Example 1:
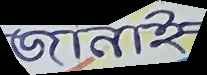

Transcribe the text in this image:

জানাই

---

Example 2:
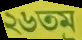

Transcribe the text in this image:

২৬তম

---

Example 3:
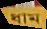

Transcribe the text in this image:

ধাম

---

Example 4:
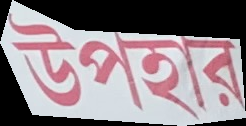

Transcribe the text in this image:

উপহার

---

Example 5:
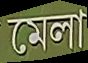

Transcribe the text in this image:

মেলা